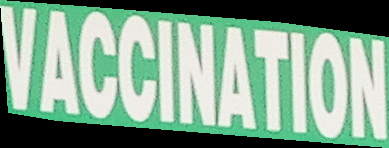
VACCINATION